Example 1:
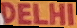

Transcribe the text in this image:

DELHI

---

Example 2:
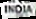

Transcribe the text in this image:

INDIA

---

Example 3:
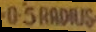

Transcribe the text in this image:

0-5RADIUS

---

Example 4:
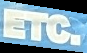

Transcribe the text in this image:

ETC.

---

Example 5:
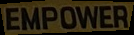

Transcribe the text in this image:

EMPOWER